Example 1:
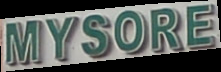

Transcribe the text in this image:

MYSORE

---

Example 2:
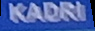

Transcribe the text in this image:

KADRI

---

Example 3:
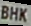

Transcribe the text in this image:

BHK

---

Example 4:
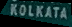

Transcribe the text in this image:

KOLKATA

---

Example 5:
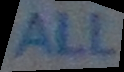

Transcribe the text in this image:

ALL